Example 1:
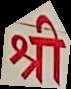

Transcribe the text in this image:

श्री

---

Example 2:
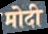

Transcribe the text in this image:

मोदी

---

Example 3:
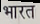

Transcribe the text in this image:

भारत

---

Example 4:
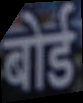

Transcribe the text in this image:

बोर्ड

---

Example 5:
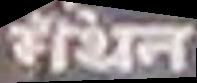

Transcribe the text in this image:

मंथन